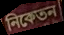
নিকেতন